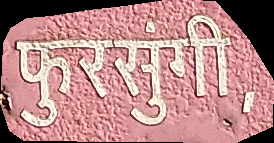
फुरसुंगी,